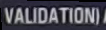
VALIDATION)